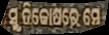
ସ୍ମ ତିକୋଷରେ ସେ